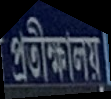
প্রতীক্ষালয়৷